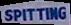
SPITTING